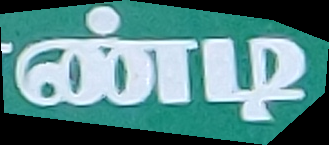
ண்டி